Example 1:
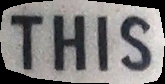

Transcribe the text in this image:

THIS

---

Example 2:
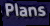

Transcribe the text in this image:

Plans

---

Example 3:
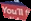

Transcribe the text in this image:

You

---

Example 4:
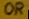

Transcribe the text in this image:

OR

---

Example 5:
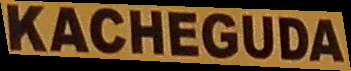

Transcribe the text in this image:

KACHEGUDA